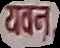
यवन